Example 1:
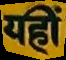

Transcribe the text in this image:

यहीं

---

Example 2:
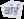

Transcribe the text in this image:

बोर्ड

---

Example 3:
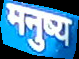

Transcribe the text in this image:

मनुष्य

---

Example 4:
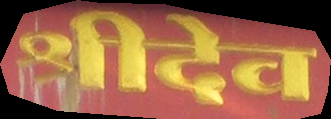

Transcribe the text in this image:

श्रीदेव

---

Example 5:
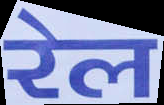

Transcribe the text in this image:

रेल